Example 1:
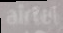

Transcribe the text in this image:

airtel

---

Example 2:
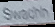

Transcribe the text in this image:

Swachh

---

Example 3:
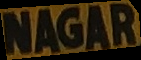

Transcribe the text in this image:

NAGAR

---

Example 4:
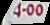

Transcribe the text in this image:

4-00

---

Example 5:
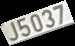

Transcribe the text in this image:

J5037